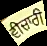
ਵੀਚਾਰੀ